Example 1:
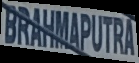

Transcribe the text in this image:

BRAHMAPUTRA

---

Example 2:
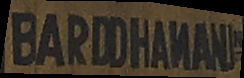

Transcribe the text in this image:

BARDDHAMAN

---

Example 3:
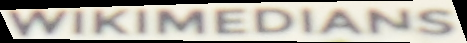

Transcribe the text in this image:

WIKIMEDIANS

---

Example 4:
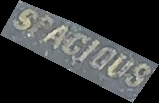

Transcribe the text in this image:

SPACIOUS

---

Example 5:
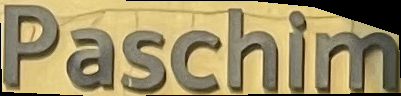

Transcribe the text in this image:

Paschim